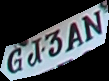
GJ3AN